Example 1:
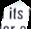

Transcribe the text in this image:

its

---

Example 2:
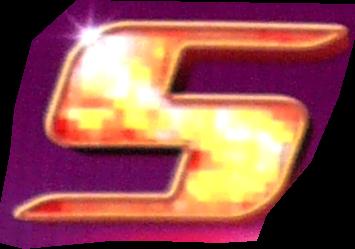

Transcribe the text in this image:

5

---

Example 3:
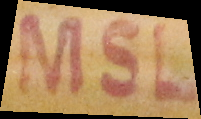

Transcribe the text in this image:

MSL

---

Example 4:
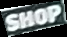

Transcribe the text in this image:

SHOP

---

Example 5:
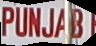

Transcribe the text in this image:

PUNJAB